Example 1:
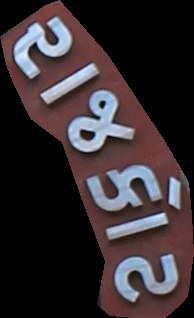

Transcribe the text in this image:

રાજકોટ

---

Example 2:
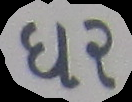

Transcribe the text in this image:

ઘ૨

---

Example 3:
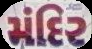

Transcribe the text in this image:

મંદિર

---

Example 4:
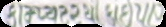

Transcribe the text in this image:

કોમ્પ્યુટરથી કોઈપણ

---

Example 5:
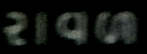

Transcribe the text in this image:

રાવળ